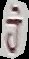
ਹੋ